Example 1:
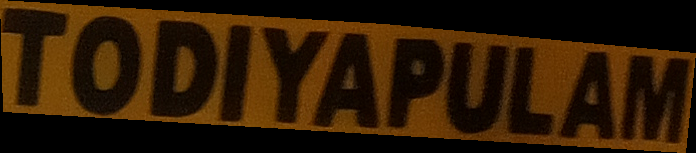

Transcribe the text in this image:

TODIYAPULAM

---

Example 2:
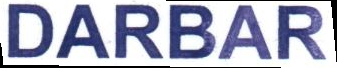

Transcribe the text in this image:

DARBAR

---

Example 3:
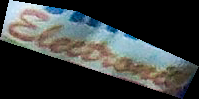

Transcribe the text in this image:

Electronic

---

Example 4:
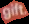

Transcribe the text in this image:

gift.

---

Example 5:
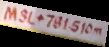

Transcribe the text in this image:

MSL+781.510m